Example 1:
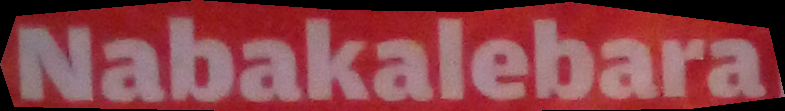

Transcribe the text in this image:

Nabakalebara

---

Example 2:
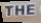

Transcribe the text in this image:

THE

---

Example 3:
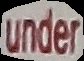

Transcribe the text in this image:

under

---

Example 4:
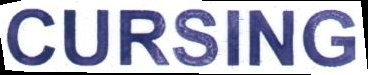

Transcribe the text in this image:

CURSING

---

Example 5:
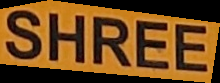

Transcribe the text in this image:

SHREE